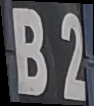
B2